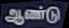
ஆண்டு